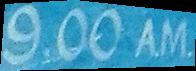
9.00AM.